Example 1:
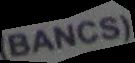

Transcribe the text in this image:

BANCS)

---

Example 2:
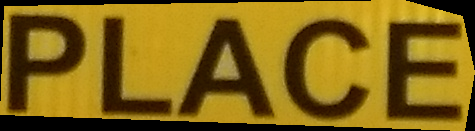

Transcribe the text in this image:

PLACE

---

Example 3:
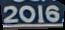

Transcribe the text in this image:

2016,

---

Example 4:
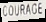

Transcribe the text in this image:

COURAGE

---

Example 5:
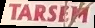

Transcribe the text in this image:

TARSEM